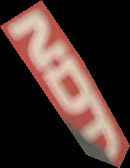
ND